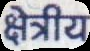
क्षेत्रीय